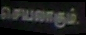
செயலாகும்